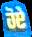
ਹੋਏ